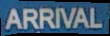
ARRIVAL